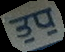
ਤੁਧੁ